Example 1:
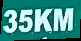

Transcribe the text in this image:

35KM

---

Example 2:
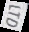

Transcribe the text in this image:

LTD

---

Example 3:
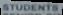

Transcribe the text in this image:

STUDENTS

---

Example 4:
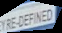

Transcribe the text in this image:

RE-DEFINED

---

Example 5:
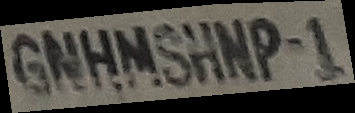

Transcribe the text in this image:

GNHMSHNP-1.